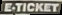
E-TICKET